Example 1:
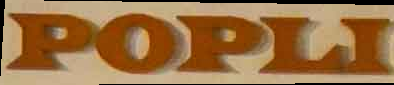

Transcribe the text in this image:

POPLI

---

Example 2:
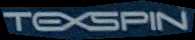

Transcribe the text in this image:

TEXSPIN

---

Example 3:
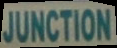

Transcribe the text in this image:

JUNCTION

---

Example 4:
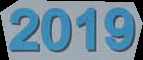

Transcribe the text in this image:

2019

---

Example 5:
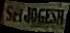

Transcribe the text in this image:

SriJOGESH